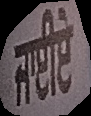
ਜਾਈਏ